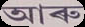
আৰু